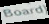
Board)